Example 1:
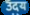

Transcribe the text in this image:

उदय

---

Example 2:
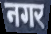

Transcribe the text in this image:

नगर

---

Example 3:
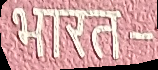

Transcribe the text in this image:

भारत-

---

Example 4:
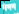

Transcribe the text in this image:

मनन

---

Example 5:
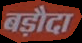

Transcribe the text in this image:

बड़ौदा